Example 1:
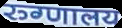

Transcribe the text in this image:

रुग्णालय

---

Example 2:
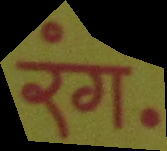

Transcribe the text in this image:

रंग.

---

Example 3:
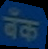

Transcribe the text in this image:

बँक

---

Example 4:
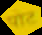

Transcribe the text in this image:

पोट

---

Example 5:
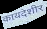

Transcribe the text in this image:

कायदेशीर